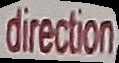
direction